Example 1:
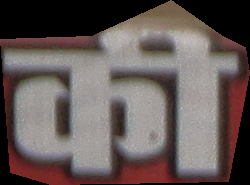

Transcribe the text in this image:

की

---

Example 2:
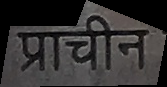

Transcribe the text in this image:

प्राचीन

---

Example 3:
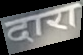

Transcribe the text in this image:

दारा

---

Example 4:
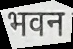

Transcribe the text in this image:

भवन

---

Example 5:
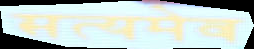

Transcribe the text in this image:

सत्‍यमेव